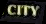
CITY